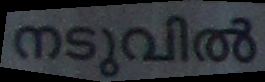
നടുവിൽ